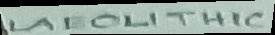
LAEOLITHIC